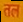
तल